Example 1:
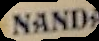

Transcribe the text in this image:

NAND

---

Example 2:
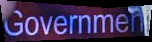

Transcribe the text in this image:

Government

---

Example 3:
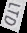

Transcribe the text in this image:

LTD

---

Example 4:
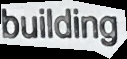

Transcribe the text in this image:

building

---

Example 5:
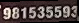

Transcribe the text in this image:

981535593